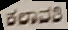
ಕಲಾವತಿ